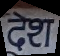
देश